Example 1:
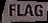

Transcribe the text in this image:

FLAG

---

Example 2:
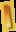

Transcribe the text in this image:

I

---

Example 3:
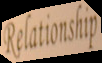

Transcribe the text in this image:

Relationship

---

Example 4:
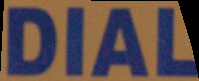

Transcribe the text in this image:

DIAL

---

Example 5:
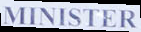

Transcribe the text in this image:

MINISTER